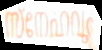
സ്‌നേഹവും